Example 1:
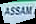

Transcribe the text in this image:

ASSAM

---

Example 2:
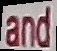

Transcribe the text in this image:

and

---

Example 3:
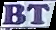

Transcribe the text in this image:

BT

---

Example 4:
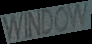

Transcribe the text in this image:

WINDOW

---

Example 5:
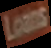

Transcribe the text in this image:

Loans